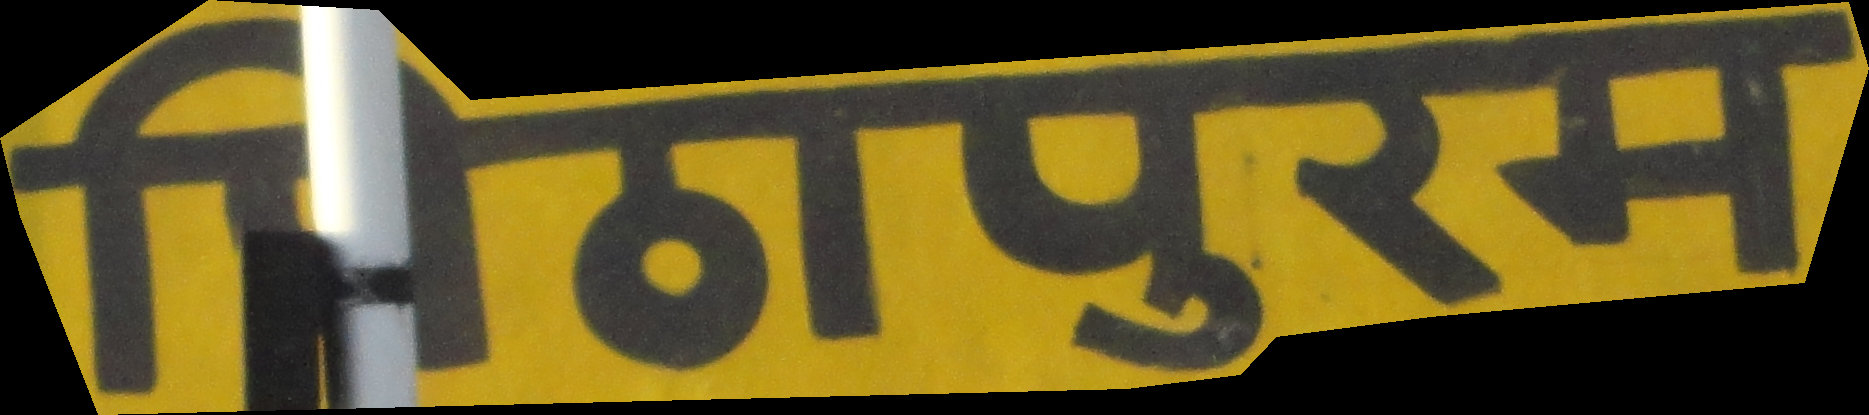
पिठापुरम